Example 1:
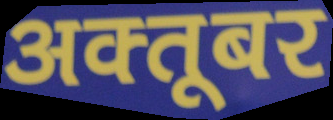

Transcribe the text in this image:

अक्तूबर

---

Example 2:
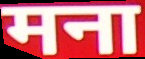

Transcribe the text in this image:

मना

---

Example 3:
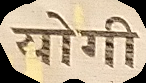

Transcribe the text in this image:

योगी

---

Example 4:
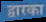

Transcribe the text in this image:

द्वारका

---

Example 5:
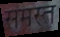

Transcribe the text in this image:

समस्त